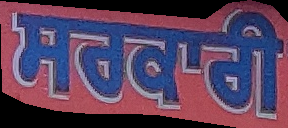
ਸਰਕਾਰੀ